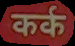
कर्क